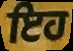
ਇਹ